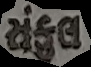
સંકુલ